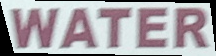
WATER